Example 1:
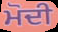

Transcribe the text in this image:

ਮੋਦੀ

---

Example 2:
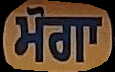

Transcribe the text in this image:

ਮਗਾ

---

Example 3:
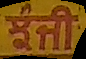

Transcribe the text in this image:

ਝੰਜੀ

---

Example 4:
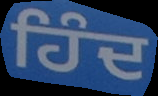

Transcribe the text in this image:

ਹਿੰਦ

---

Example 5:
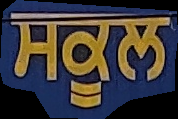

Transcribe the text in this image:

ਸਕੂਲ